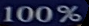
100%